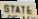
STATE